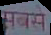
सबसे